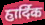
हार्दिक